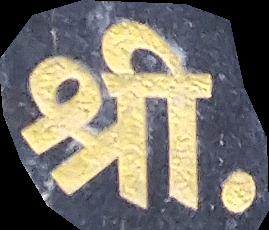
श्री.